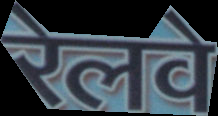
रेलवे